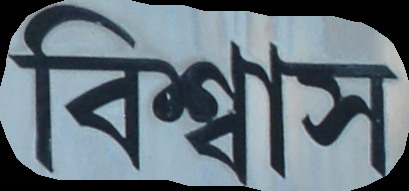
বিশ্বাস